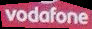
vodafone